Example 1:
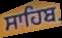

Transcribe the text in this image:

ਸਾਹਿਬ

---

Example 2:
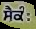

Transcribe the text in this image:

ਸੈਕੰ:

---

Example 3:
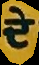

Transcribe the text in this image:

ਦੇ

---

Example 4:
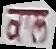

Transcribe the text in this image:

ਕਾਲ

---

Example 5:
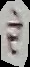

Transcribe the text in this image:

ਦੇ